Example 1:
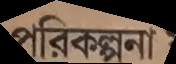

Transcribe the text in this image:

পরিকল্পনা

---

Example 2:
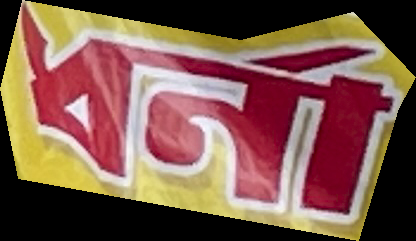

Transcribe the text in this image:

ঘর্না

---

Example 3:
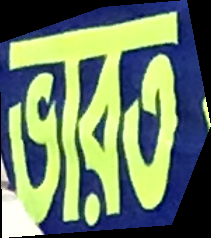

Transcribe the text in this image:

ভারত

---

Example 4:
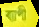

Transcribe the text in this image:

ব্যাপী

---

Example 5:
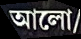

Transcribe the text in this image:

আলো/